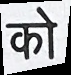
काे